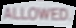
ALLOWED